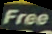
Free